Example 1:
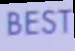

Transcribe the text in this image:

BEST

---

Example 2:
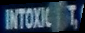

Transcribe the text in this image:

INTOXIT,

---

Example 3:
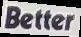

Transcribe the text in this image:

Better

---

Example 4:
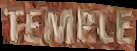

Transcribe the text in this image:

TEMPLE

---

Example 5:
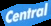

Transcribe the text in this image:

Central